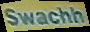
Swachh